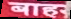
बाहर